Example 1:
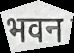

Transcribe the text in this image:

भवन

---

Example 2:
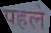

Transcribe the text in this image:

पहले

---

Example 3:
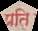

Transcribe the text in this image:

प्रति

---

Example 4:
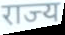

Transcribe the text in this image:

राज्य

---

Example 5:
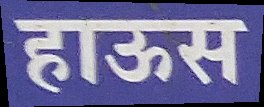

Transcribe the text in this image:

हाऊस